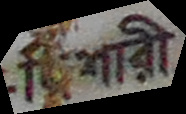
দিশারী